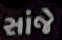
સાંજે